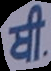
ਬੀ.